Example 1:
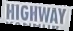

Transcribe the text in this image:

HIGHWAY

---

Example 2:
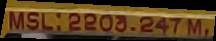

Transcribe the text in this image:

MSL:2203.247M.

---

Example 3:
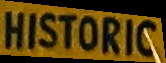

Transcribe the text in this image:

HISTORIC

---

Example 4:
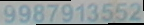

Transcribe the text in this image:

9987913552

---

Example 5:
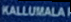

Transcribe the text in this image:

KALLUMALA